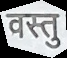
वस्तु